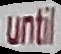
until